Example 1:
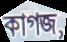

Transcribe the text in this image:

কাগজ,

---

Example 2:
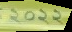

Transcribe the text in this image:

২০২২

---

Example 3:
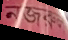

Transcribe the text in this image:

নজরুন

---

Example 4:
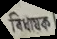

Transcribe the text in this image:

বিধাযক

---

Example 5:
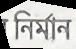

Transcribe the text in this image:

নির্মান